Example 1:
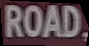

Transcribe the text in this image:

ROAD,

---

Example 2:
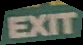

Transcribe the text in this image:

EXIT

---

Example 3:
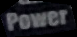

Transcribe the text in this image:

Power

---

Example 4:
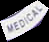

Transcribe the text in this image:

MEDICAL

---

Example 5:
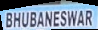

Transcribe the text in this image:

BHUBANESWAR